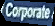
केशन्अर्मर।